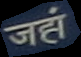
जहां